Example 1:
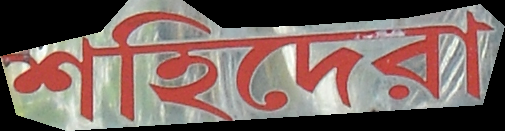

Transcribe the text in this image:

শহিদেরা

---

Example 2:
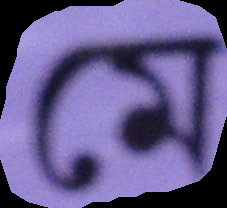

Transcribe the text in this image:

মে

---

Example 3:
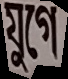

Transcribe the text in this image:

যুগে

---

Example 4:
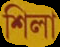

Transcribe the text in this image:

শিলা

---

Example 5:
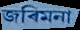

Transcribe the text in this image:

জৰিমনা